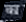
का